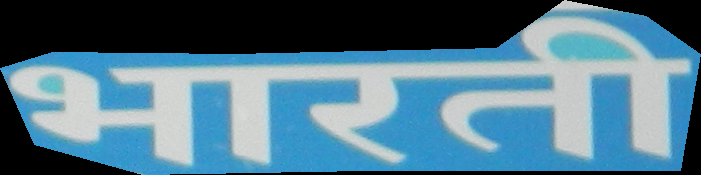
भारती